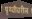
पृथ्वीवरील